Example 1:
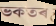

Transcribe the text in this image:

ভকতৰ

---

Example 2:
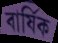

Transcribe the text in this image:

বার্ষিক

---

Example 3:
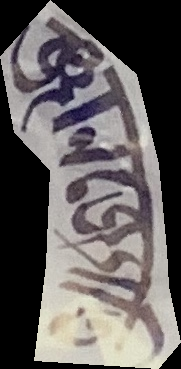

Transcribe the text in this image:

জ্ঞানজ্যোতি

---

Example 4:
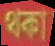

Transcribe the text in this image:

থকা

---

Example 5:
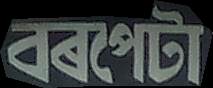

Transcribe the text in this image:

বৰপেটা